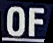
OF